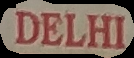
DELHI